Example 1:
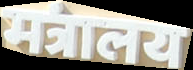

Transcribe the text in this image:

मंत्रालय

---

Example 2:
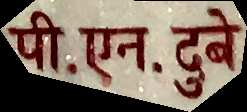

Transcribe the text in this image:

पी॰एन॰दुबे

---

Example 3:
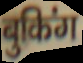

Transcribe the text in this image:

बुकिंग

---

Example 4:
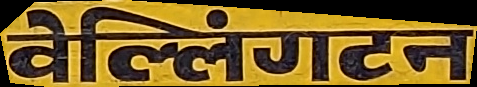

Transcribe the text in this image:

वेल्लिंगटन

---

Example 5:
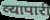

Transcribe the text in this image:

व्यापारी